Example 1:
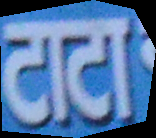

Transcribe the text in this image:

टाटा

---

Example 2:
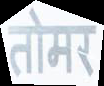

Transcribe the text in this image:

तोमर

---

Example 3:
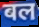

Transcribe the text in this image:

बल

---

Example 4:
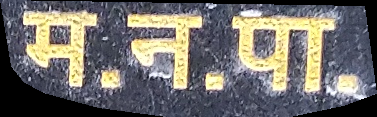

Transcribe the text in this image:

म.न.पा.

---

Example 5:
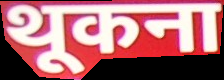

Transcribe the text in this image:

थूकना